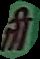
ਜੀ